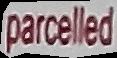
parcelled